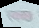
स्वच्छ